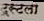
ट्रस्टला